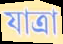
যাত্রা